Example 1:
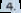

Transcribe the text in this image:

4.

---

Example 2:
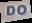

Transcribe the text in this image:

DO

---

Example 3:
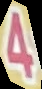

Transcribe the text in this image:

4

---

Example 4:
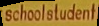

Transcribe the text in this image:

schoolstudent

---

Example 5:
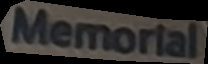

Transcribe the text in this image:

Memorial